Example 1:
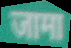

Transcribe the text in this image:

जामा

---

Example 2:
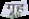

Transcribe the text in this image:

गृह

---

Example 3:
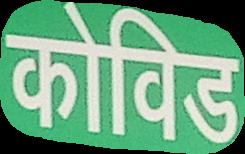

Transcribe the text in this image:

कोविड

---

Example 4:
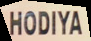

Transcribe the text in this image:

८००१४४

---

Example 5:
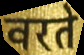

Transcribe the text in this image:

वरते